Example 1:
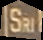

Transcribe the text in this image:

SRI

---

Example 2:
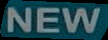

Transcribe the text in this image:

NEW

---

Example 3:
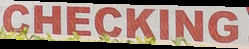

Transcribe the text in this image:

CHECKING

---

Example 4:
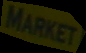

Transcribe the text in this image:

MARKET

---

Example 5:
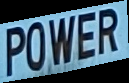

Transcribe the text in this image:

POWER